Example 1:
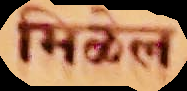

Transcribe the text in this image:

मिळेल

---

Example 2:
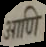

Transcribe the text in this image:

आणि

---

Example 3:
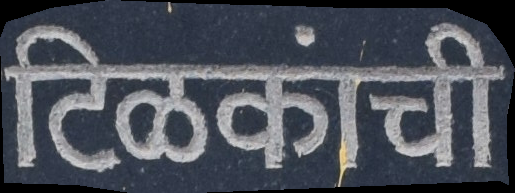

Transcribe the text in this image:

टिळकांची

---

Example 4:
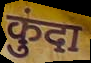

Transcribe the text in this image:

कुंदा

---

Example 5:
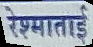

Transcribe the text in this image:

रेश्माताई